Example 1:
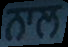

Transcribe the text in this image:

ਨਾਲ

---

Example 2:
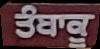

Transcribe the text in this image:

ਤੰਬਾਕੂ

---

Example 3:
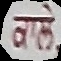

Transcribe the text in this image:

ਕਾਲੇ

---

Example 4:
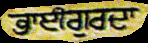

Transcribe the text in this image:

ਭਾਈਗੁਰਦਾ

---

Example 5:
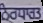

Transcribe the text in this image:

ਨਿਰਧਾਰਤ